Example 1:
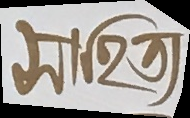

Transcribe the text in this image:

সাহিত্য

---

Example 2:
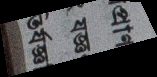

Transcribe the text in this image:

প্রাণা ই চং যজ্ঞগু পতির্যজ্ঞনি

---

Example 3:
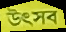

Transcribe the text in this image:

উৎসব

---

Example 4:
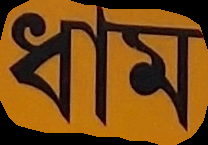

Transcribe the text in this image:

ধাম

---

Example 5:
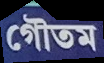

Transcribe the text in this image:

গৌতম